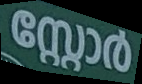
സ്റ്റോർ